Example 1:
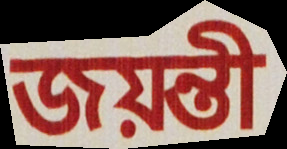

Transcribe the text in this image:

জয়ন্তী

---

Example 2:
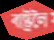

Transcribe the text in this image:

ৰাষ্ট্ৰলৈ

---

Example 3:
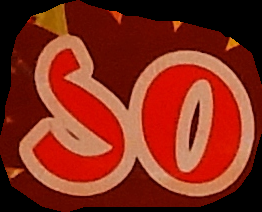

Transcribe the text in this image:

১০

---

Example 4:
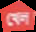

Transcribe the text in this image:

এল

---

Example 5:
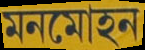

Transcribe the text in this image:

মনমোহন